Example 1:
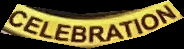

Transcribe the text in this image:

CELEBRATION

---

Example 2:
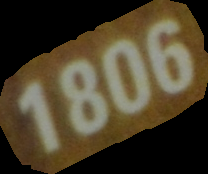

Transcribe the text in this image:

1806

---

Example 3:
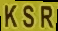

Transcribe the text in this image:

KSR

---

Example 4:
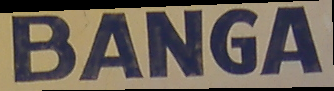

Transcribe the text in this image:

BANGA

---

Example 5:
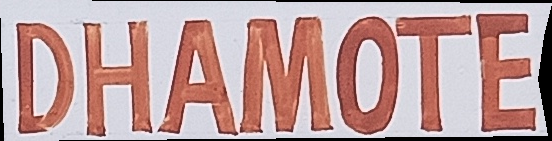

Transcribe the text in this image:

DHAMOTE